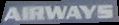
AIRWAYS